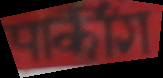
पार्कींग